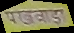
पखवाड़ा